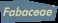
Fabaceae